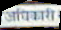
अधिकारी